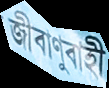
জীবাণুবাহী